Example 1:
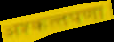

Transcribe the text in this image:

अश्कत्तपणा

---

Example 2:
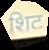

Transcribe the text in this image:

शिट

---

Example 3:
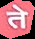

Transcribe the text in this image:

ते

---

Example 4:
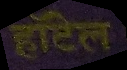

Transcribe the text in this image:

हॉटेल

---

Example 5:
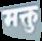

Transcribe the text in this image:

मक्तु